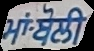
ਮਾਂ.ਬੋਲੀ